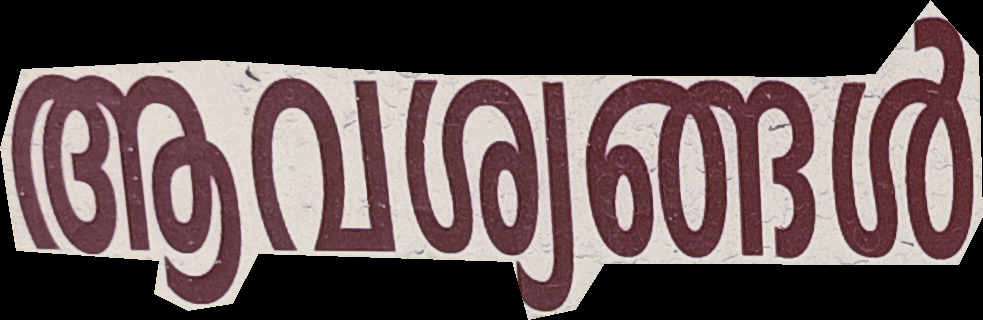
ആവശ്യങ്ങൾ